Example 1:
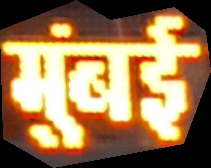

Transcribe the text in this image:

मुंबई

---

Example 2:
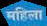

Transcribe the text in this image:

महिला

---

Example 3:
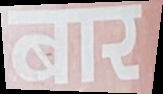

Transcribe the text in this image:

बार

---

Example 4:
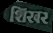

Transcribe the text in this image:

शिखर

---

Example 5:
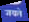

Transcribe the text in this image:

जयते